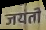
जयंती